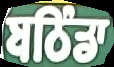
ਬਠਿੰਡਾ